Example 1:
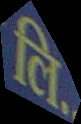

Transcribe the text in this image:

लि.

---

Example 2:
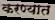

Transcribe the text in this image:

करण्यात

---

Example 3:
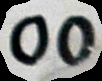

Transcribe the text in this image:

००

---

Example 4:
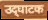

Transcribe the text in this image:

उद्घाटक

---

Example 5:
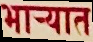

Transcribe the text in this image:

भार्‍यात